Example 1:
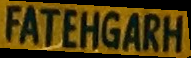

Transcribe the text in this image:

FATEHGARH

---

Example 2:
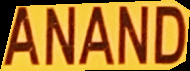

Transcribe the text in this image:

ANAND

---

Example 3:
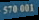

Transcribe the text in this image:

570001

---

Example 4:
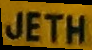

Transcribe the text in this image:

JETH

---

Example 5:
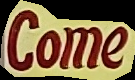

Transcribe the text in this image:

Come